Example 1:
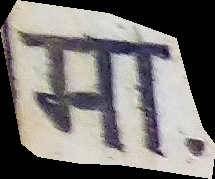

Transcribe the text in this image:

मा.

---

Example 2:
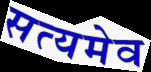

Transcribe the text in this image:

सत्यमेव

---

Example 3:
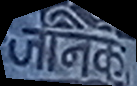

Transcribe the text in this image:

जनिक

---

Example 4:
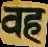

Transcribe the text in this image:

वह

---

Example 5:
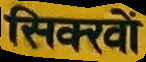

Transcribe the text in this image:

सिक्खों